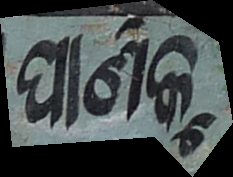
ପାଣିକୁ